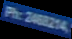
Ph:2488214,